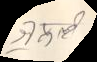
ਜੁਲ